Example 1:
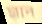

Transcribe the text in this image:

ज्ञान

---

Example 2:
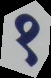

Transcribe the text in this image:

१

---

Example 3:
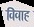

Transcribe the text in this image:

विवाह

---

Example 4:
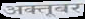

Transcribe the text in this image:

अक्तूबर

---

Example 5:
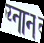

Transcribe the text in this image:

य्नान